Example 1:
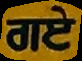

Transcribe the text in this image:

ਗਏ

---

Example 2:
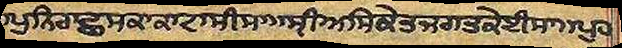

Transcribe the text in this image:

ਪੁਨਿਰਾਛਸਕਾਕਾਟਾਸੀਸਾ॥ਸ੍ਰੀਅਸਿਕੇਤਜਗਤਕੇਈਸਾ॥ਪੁਰ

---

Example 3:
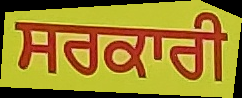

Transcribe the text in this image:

ਸਰਕਾਰੀ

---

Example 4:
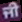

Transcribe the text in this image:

ਜੀ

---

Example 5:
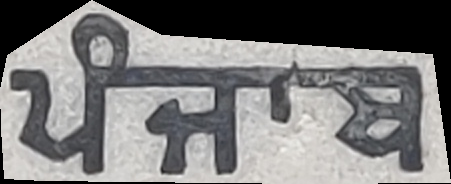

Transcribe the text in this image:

ਪੰਜਾਬ